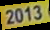
2013